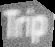
Trip